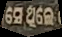
ସେ ଥିଲେ